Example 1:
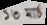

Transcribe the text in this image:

১৩ মার্চ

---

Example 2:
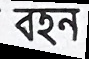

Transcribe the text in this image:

বহন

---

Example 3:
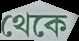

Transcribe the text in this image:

থেকে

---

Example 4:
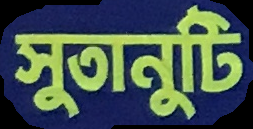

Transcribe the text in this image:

সুআনুটি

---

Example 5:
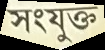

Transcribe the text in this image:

সংযুক্ত